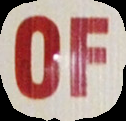
OF